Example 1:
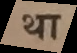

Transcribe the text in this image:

था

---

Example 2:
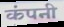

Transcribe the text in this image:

कंपनी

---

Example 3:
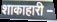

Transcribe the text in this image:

शाकाहारी-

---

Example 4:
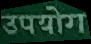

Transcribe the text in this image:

उपयोग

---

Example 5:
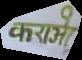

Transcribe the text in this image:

कराओ